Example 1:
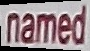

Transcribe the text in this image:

named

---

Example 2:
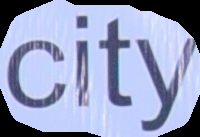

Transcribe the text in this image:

city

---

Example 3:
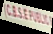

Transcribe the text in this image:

(C.B.S.E.PUBLIC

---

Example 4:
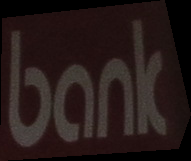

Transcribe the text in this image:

bank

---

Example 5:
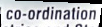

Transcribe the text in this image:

co-ordination